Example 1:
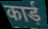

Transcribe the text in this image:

कार्ड़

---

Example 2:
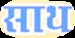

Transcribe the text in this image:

साथ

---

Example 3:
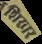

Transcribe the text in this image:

शिखर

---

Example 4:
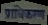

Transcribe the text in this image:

प्राधिकरण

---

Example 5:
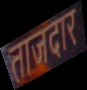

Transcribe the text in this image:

ताजदार